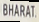
BHARAT.